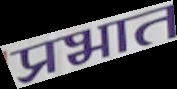
प्रभात